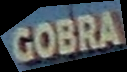
GOBRA